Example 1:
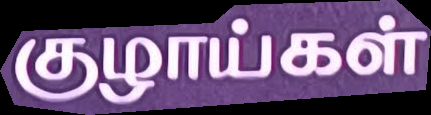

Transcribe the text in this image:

குழாய்கள்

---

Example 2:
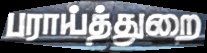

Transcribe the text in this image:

பராய்த்துறை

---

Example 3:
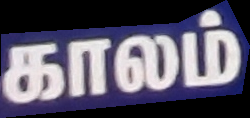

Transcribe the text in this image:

காலம்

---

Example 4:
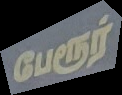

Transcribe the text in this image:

பேரூர்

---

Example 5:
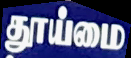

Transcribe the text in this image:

தூய்மை